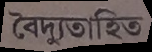
বৈদ্যুতাহিত